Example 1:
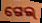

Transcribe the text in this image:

ଢେଇ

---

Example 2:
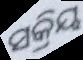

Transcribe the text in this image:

ସକ୍ରିୟ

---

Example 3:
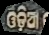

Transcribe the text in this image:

ଓତ଼ିଆ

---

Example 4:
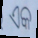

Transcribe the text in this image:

ଏକ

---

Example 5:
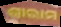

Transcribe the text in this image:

ଶ୍ରୀରାମ